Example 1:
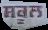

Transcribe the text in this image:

ਸਕੂਲ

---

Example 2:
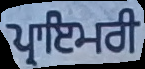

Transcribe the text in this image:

ਪ੍ਰਾਇਮਰੀ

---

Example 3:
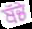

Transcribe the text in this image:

ਬੱਚੇ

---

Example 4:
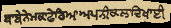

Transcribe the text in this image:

ਬਾਬੇਨੇਮਕਾਫੇਰਿਆ ਅਪਨੀਕਲਾਦਿਖਾਈ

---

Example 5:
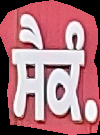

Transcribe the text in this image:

ਸੈਕੰ.